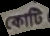
কোটি